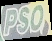
PSO